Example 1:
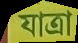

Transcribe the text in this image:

যাত্রা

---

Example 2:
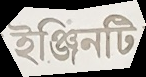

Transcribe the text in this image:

ইঞ্জিনটি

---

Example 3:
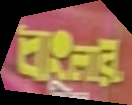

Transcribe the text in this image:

বাংলার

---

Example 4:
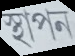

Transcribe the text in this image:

স্থাপন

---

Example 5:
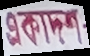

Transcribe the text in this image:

একাদশ